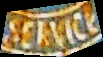
SERVICE